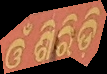
ଓଁ ଶିରିଡ଼ି